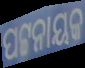
ପଟନାୟକ